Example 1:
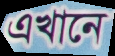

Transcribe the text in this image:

এখানে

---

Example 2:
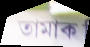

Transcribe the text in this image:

তামাক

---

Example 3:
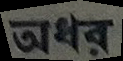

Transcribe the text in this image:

অধর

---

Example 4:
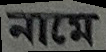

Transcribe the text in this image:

নামে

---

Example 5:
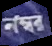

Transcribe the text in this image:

নম্বর